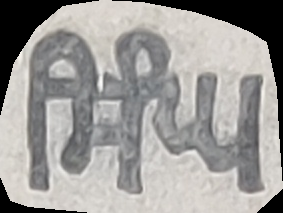
ਸਿੰਘ